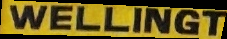
WELLINGT